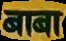
बाबा